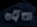
ଓଡ଼ିଆ